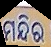
ମନ୍ଦିର